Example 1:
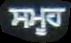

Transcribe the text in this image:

ਸਮ੍ਰੂਹ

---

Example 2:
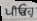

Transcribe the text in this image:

ਪੀਓਰੁ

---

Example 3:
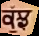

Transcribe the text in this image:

ਕੁੱਝ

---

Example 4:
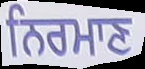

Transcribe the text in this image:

ਨਿਰਮਾਣ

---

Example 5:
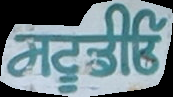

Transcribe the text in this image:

ਸਟੂਡੀਓ